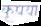
कृपया